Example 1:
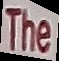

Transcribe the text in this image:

The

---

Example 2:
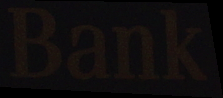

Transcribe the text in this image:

Bank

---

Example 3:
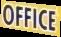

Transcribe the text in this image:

OFFICE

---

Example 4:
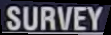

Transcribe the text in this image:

SURVEY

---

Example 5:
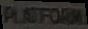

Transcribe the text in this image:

PLATFORM